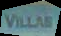
VILLAS